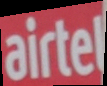
airtel